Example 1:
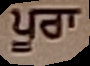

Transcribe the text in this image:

ਪੂਰ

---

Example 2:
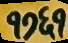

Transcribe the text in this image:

੧੭੬੧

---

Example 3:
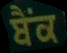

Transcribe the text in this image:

ਬੈਂਕ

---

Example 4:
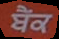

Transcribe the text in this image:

ਬੈਂਕ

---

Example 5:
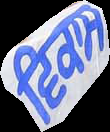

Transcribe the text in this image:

ਵਿਕਾਸ